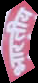
भारतीय